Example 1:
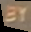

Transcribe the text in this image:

BY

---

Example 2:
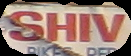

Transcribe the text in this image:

SHIV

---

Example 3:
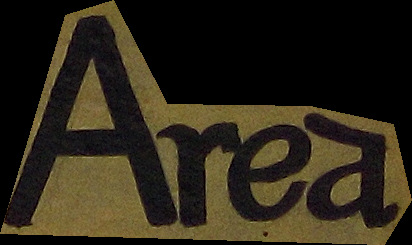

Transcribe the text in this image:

Area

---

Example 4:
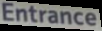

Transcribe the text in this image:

Entrance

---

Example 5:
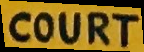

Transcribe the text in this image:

COURT